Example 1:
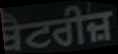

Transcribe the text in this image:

ਬੈਟਰੀਜ਼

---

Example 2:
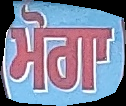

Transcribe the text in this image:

ਮੋਗਾ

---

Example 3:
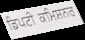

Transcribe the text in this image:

ਡਿਪਟੀ ਕਮਿਸ਼ਨਰ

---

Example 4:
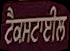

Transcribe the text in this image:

ਟੈਕਸਟਾਈਲ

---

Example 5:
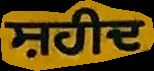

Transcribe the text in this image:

ਸ਼ਹੀਦ